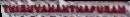
THIRUVANANTHAPURAM